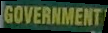
GOVERNMENT